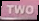
TWO